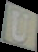
U